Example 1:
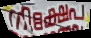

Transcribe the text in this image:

നിഭക്ഷപ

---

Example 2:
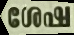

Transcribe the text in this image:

ശേഷ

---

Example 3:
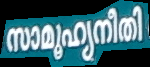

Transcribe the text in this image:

സാമൂഹ്യനീതി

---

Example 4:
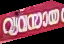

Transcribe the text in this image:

വ്യവസായ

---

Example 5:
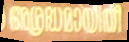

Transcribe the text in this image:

അഗ്രദ്ധമായിൽ